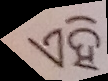
ଏହି